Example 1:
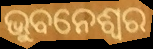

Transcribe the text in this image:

ଭୁବନେଶ୍ଵର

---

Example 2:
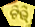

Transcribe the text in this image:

ଟିଭି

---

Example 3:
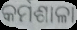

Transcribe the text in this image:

କର୍ମଶାଳା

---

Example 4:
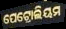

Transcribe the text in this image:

ପେଟ୍ରୋଲିୟମ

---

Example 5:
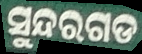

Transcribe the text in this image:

ସୁନ୍ଦରଗତ